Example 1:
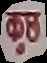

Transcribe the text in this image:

कुछ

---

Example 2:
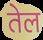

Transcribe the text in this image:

तेल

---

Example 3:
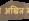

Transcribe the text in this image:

अखिल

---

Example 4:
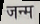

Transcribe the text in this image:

जन्म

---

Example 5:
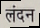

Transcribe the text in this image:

लंदन